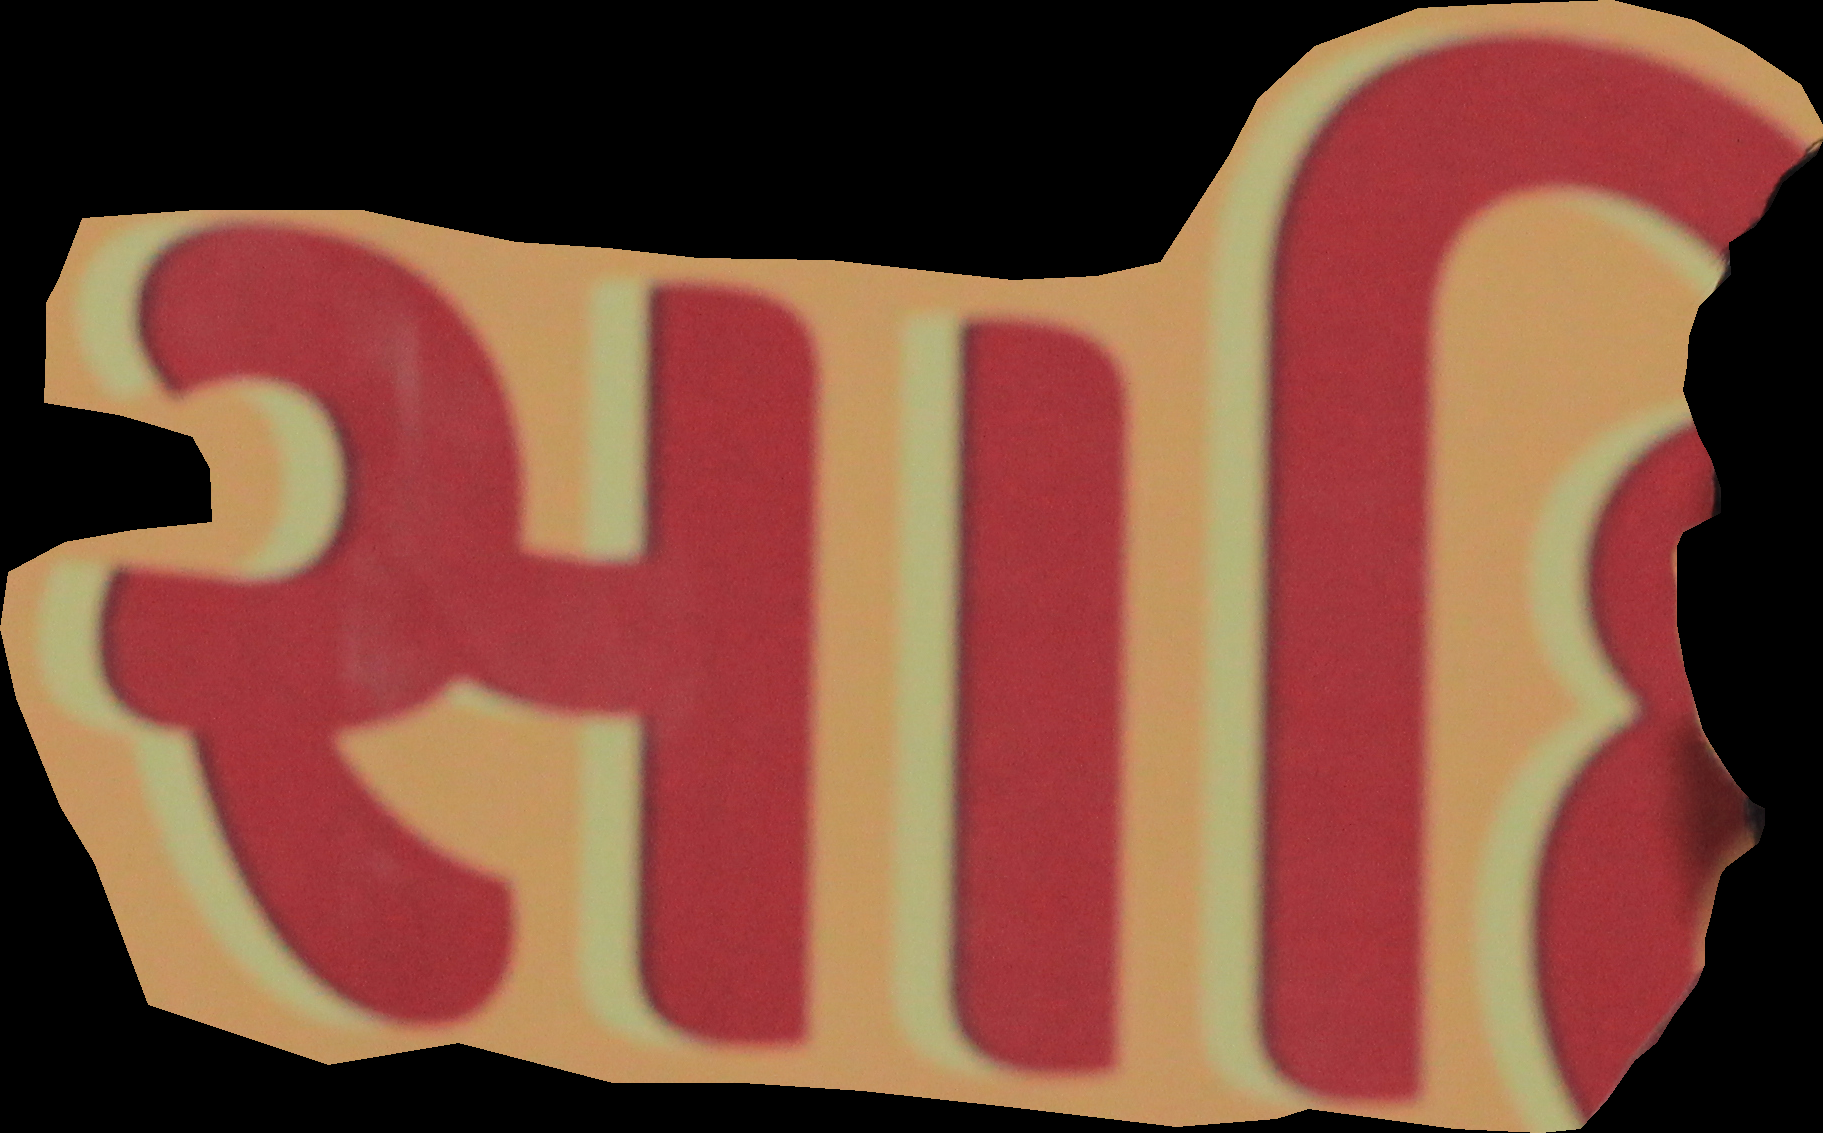
સા